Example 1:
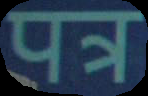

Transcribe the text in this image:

पत्र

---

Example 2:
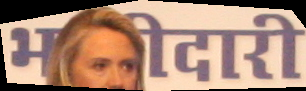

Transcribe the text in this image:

भदारी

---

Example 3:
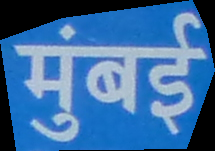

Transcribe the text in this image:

मुंबई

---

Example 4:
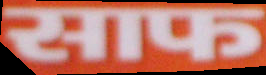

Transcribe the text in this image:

साफ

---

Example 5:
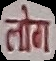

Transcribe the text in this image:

लोग